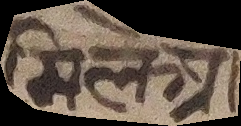
मिलेग्न